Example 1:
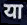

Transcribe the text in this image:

या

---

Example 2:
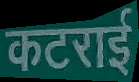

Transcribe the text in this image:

कटराई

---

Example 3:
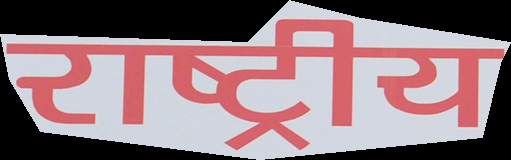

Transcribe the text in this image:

राष्ट्रीय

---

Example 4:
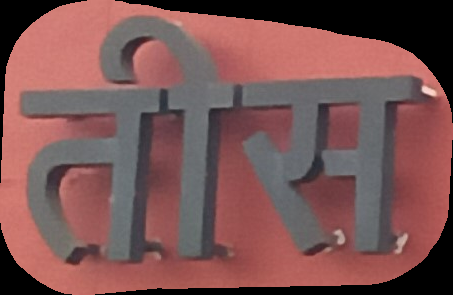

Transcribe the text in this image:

तीस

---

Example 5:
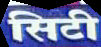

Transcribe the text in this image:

सिटी